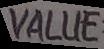
VALUE